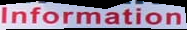
Information